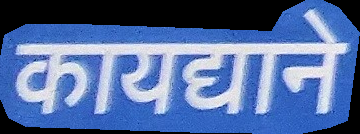
कायद्याने